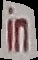
in